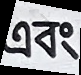
এবং